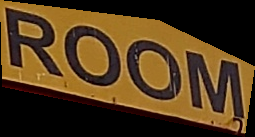
ROOM